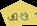
এণ্ড